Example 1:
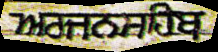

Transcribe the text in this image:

ਅਰਜਨਸਹਿਬ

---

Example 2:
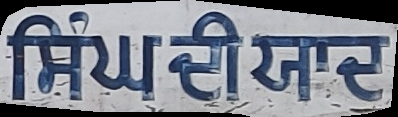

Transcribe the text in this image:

ਸਿਘਦੀਯਾਦ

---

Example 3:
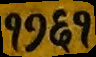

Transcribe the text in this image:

੧੭੩੧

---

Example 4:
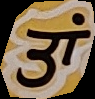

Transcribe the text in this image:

ਤਾਂ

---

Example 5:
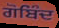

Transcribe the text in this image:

ਗੋਬਿੰਦ